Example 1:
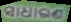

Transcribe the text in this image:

ପାଧାରଣ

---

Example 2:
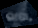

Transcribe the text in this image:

ଭାଷା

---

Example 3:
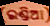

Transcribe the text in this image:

ଇଣ୍ଡିଆ)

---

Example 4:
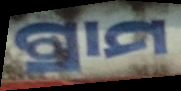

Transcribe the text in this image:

ଗ୍ରାମ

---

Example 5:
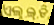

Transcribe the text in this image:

ଏଲ୍.ସି.ଡି